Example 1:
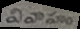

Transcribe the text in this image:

వివాహం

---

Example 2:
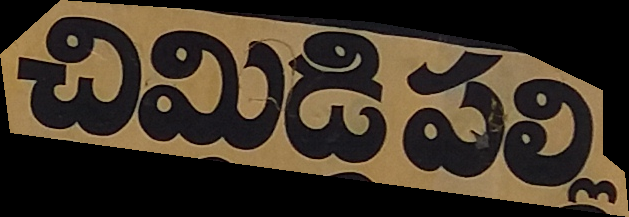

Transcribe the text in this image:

చిమిడి పల్లి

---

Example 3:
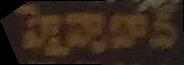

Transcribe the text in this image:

హైద్రాబాద్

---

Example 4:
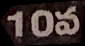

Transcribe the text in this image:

10 వ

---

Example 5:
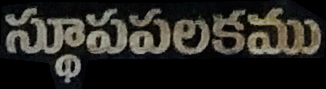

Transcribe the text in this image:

స్థూపపలకము